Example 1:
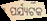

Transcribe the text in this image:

ପର୍ଯ୍ୟଟକ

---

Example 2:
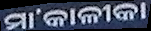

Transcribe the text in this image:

ମା'କାଳୀକା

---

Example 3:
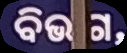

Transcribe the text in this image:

ବିଭାଗ,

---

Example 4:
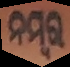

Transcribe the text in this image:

ନମ୍ବର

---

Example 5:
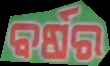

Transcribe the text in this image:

ଚର୍ଷଚ